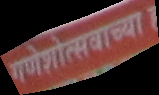
गणेशोत्सवाच्या